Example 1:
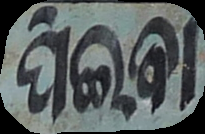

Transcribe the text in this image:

ପିଇବା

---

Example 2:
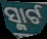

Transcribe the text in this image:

ସ୍ମାର୍ଟ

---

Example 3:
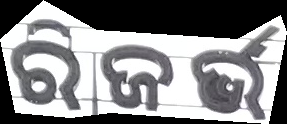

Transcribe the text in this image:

ରିଜର୍ଭ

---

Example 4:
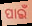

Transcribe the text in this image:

ପାଇଁ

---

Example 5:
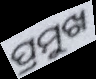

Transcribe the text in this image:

ପ୍ରମୁଖ